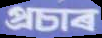
প্ৰচাৰ